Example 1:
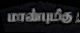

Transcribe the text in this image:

மாண்புமிகு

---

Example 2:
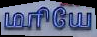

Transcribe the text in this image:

மரியே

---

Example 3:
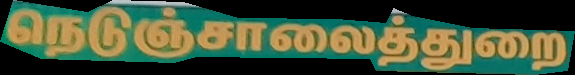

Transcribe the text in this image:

நெ௫ஞ்சாலலத்துறை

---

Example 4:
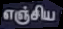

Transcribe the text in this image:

எஞ்சிய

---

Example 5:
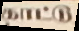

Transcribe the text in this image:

காட்டு